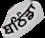
ਬਠਿੰਡਾ